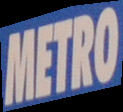
METRO